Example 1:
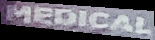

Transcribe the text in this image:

MEDICAL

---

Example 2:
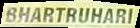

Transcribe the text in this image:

BHARTRUHARI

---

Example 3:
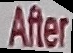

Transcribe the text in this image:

After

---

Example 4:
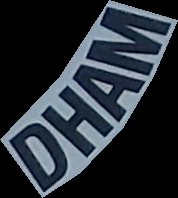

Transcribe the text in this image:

DHAM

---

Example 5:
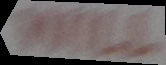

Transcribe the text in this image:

WILL